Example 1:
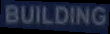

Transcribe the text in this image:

BUILDING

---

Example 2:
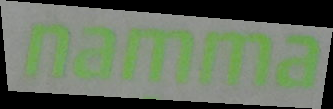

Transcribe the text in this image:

namma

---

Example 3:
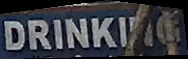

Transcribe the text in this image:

DRINKING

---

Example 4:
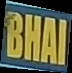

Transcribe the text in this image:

BHAI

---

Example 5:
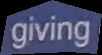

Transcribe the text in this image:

giving